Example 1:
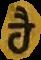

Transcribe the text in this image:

ਹੈ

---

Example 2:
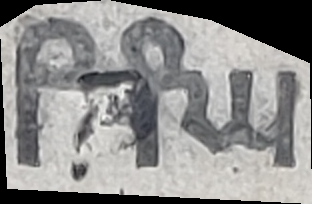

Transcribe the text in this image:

ਸਿੰਘ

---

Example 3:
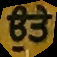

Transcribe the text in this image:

ਉਤੇ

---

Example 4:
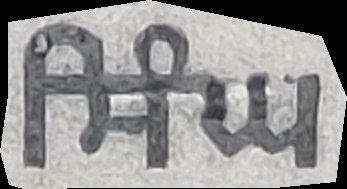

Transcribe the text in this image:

ਸਿੰਘ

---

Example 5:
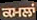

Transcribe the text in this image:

ਕਮਲਾਂ